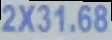
2X31.68